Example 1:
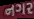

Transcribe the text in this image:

નગર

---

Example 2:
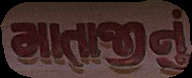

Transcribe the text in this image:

માતાજીનું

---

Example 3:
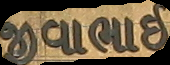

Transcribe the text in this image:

જીવાભાઈ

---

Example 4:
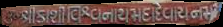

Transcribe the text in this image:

શ્રીકાશીવિશ્વનાયમદાદેવાયનમ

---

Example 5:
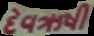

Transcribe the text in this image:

દેવઋષી